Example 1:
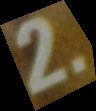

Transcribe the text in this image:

2.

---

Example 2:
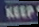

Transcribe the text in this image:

KEEP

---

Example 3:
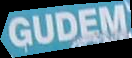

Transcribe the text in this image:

GUDEM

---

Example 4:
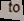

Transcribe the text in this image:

to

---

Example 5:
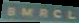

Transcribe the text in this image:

BMRCL